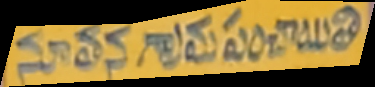
నూతన గ్రామ పంచాయితి